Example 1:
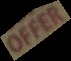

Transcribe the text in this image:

OFFER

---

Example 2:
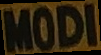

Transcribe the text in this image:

MODI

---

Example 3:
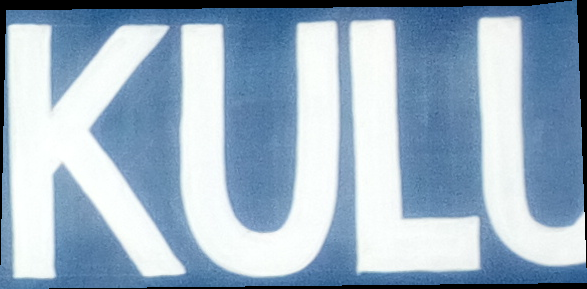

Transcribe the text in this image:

KULU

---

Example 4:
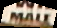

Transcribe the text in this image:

MALE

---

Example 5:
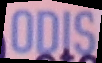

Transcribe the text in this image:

ODIS